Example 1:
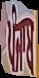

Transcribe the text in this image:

ਪੰਜਾਬ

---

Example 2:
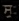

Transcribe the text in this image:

ਸੁ:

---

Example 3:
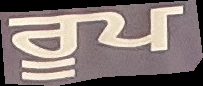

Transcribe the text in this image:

ਰੂਪ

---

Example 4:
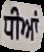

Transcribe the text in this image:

ਧੀਆ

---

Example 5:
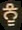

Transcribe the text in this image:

ਨੂੰ